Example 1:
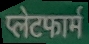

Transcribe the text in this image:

प्‍लेटफार्म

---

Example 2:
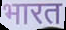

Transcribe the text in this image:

भारत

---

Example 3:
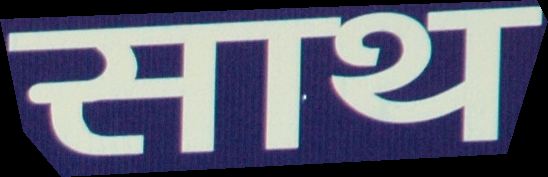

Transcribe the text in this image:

साथ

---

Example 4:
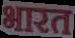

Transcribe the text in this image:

भारत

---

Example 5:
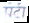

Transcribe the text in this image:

पेटी